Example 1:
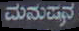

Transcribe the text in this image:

ಮನುಷ್ಕವ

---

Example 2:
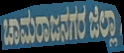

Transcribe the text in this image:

ಚಾಮರಾಜನಗರಜಿಲ್ಲಾ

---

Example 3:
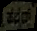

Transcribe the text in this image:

ಹಲ್ಲಟ್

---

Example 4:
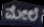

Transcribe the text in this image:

ಮೇಲಿ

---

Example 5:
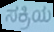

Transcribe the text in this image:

ಸಕ್ರಿಯ